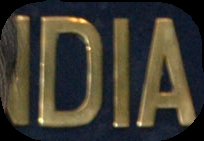
INDIA